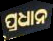
ପ୍ରଧାନ